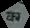
का